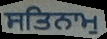
ਸਤਿਨਾਮੁ